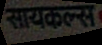
सायकल्स